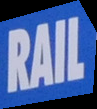
RAIL